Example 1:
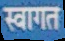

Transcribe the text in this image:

स्वागत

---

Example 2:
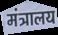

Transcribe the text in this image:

मंत्रालय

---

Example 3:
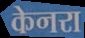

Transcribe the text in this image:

केनरा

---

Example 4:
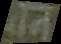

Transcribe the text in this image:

वन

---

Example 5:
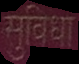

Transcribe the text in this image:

सुविधा